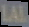
LAL